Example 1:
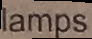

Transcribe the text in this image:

lamps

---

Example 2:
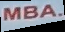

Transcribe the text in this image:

MBA.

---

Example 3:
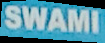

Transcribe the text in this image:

SWAMI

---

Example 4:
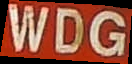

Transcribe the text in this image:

WDG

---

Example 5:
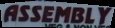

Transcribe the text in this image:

ASSEMBLY